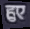
हुए